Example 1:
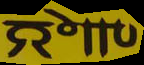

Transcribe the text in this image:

ꯌꯣꯒ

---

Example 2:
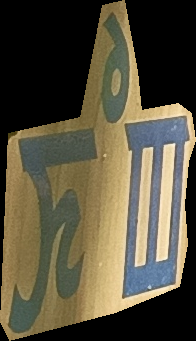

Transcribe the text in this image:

ꯈꯣꯡ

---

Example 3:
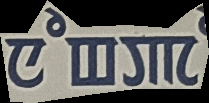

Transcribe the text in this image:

ꯅꯣꯡꯄ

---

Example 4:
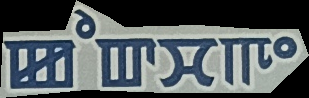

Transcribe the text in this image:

ꯀꯣꯛꯆꯒꯦ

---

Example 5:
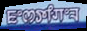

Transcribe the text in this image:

ꯐꯦꯁꯇꯤꯚꯦꯜ